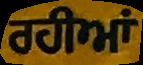
ਰਹੀਆਂ